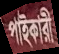
পাইকারী